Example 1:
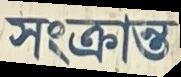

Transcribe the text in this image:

সংক্রান্ত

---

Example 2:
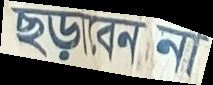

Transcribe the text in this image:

ছড়াবেন না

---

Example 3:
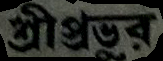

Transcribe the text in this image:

শ্রীপ্রভুর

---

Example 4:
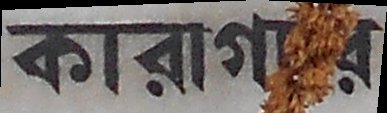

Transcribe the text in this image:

কারাগা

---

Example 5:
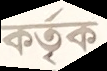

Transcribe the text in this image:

কর্তৃক